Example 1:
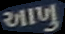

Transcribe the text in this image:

આખુ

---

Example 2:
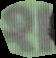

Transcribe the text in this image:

શ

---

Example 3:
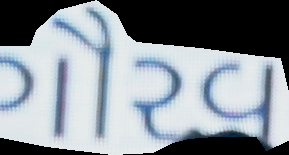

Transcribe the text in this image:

ગૌરવ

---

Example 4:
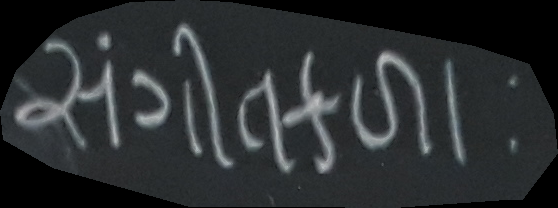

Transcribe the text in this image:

સંગીતકળા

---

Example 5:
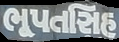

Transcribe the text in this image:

ભૂપતસિંહ